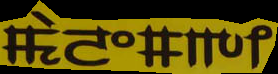
ꯃꯥꯂꯦꯝꯒꯤ